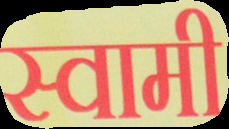
स्वामी